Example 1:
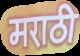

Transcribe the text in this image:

मराठी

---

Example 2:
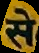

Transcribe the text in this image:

से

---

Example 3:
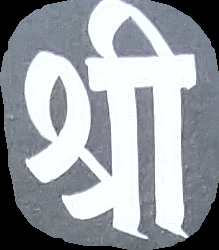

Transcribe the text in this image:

श्री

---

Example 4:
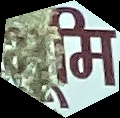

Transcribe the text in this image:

मि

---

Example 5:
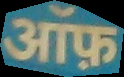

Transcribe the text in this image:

ऑफ़